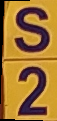
S2